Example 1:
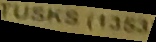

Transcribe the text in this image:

TUSKS(1353)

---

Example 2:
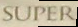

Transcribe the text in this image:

SUPER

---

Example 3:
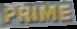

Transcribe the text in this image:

PRIME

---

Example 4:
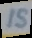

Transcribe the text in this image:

IS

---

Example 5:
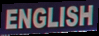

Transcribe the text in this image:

ENGLISH